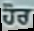
ਹੋਰ